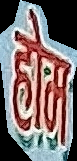
होम